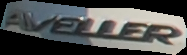
AVELLER